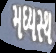
મઘ્યસ્થ